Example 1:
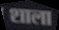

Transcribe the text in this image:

शाला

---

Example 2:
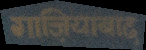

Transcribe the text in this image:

गाज़ियाबाद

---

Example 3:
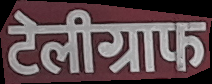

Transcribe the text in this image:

टेलीग्राफ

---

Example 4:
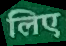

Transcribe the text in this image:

लिए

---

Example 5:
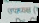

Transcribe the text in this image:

उपाध्यक्ष